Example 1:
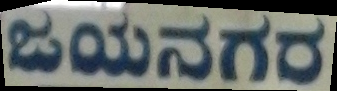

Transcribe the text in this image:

ಜಯನಗರ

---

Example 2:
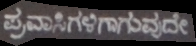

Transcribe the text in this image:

ಪ್ರವಾಸಿಗಳಿಗಾಗುವುದೇ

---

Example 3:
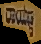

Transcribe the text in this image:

ರಾಯಣ್ಣ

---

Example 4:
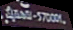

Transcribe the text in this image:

ಮೈಸೂರು-570001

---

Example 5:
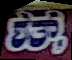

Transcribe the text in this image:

ಶತ್